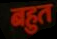
बहुत